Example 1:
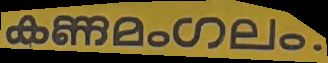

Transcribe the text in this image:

കണ്ണമംഗലം.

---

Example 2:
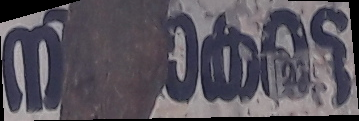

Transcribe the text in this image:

നാകട്ടെ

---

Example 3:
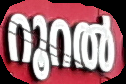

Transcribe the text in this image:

റൂറൽ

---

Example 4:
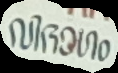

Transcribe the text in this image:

വിഭാഗം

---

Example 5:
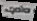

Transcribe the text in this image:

പുതിയ